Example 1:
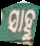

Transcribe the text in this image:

ସାହୁ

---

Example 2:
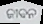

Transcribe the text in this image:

ଜୀବନ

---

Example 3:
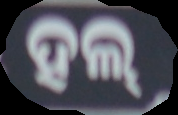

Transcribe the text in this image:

ହଲ୍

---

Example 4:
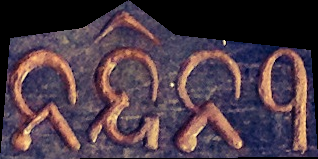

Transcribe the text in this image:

ନନ୍ଦିନୀ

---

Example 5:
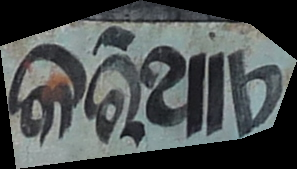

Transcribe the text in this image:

କରିଥାଏ